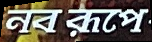
নব রূপে